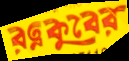
রত্নকুবের